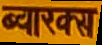
ब्वारक्स